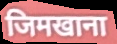
जिमखाना